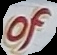
of